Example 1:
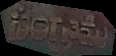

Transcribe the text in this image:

సంగ్రామ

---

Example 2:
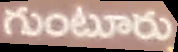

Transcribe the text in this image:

గుంటూరు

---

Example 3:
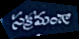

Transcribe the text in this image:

స్రక్రమశా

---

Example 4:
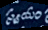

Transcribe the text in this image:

స్వయం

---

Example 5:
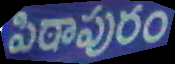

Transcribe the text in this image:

పిఠాపురం